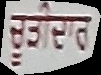
ਚੂੜੀਦਾਰ